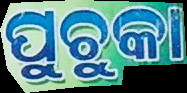
ପୁଚୁକା